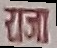
राजा